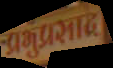
प्रभुप्रसाद